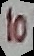
to